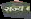
राज्य